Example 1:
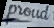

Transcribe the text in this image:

proud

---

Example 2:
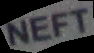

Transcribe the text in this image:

NEFT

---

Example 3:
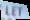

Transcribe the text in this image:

LET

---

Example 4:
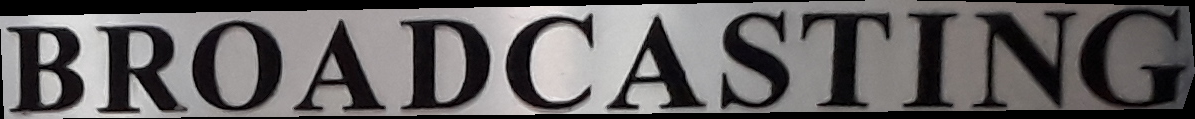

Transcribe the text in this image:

BROADCASTING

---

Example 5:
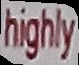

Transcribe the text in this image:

highly